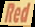
Red